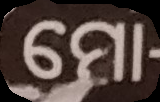
ମୋ-